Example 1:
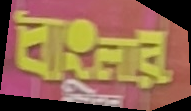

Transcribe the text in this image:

বাংলার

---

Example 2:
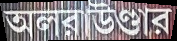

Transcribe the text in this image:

অলরাউণ্ডার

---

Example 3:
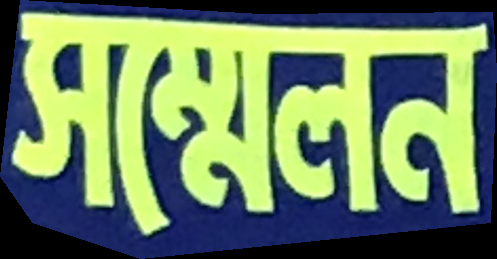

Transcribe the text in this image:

সম্মেলন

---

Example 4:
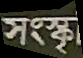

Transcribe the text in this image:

সংস্কৃ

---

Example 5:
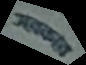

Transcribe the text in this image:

সরকার